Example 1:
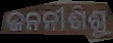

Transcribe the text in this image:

ଜଳନାଁ ଶିଶୁ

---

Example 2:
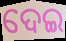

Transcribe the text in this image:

ଦେଇ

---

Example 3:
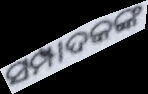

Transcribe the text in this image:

ସମ୍ପାଦକଙ୍କ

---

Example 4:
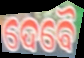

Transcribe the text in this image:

ଦେବୈ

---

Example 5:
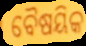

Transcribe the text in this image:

ବୈଷୟିକ